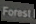
Forest